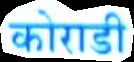
कोराडी